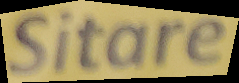
५।१०७९